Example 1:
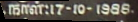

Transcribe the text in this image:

நாள்:17-10-1988.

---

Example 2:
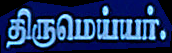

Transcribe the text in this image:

தி௫மெய்யா்.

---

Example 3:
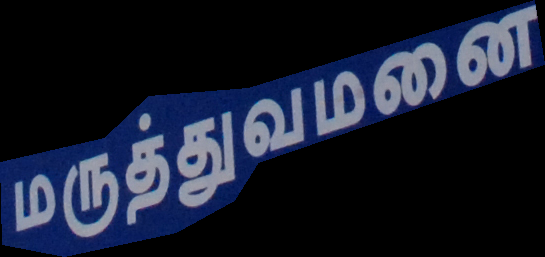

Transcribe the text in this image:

மருத்துவமனை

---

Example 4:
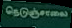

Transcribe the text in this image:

நெடுஞ்சாலை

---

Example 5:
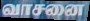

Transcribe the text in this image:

வாசனை